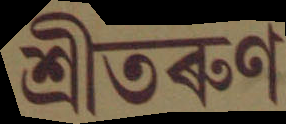
শ্ৰীতৰুণ